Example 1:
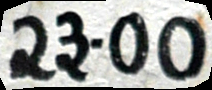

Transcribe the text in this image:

२३-००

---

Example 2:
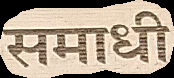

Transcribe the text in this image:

समाधी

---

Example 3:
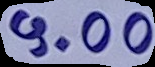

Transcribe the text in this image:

५.००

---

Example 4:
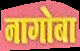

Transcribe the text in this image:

नागोबा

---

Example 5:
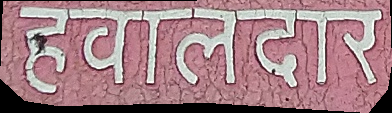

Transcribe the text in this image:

हवालदार